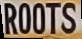
ROOTS